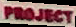
PROJECT